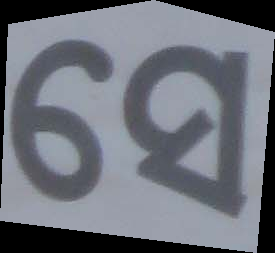
ସେ